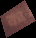
का